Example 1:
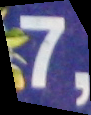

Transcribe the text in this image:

7,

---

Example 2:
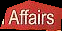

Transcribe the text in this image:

Affairs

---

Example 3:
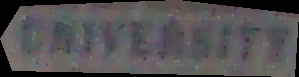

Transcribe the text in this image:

UNIVERSITY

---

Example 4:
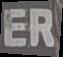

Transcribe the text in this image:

ER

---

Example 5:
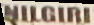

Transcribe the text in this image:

NILGIRI